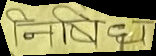
निषिध